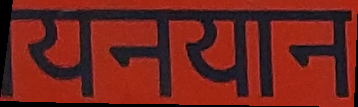
यनयान